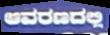
ಆವರಣದಲ್ಲಿ